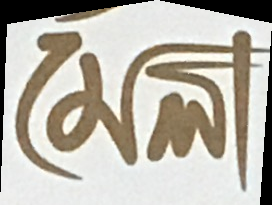
মেলা